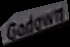
Godown